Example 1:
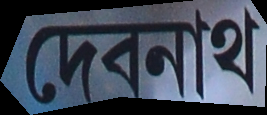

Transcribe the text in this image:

দেবনাথ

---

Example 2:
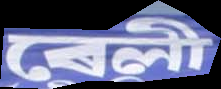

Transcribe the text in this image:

ৰেলী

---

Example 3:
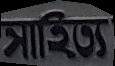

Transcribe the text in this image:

সাহিত্য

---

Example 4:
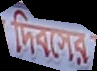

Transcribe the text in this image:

দিবসের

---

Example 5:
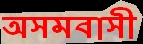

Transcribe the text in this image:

অসমবাসী